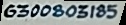
6300803185